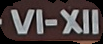
VI-XII